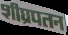
शीघ्रपतन